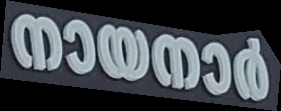
നായനാർ